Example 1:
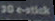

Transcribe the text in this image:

30e-stick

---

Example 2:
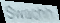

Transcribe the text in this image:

Swachh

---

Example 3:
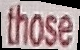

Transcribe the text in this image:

those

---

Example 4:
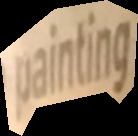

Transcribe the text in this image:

painting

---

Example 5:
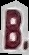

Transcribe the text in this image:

B.